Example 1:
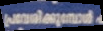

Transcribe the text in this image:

പ്രവേശിക്കുമ്പോൾ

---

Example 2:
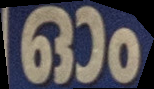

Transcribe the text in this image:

ഓം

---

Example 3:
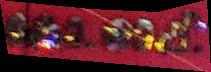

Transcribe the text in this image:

കോ.ഓപ്പ്:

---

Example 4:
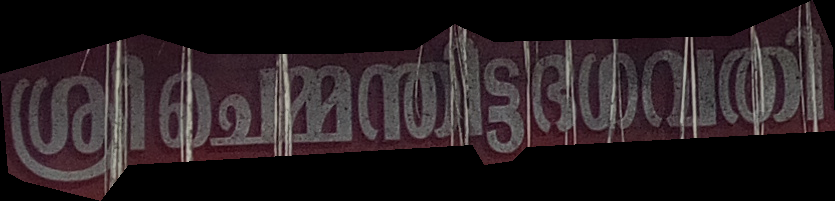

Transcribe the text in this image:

ശ്രീ ചെമ്മന്തിട്ട ഭഗവതി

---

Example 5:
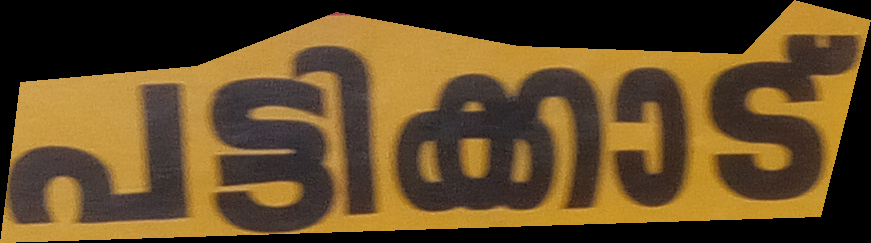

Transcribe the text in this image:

പടിക്കാട്